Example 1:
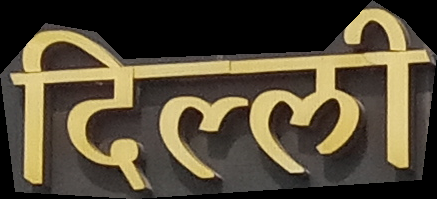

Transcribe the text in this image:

दिल्‍ली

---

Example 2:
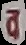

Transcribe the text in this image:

व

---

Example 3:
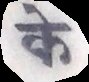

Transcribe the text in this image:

के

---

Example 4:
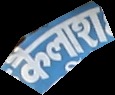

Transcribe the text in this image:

कैलाश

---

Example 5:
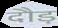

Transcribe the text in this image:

दौड़